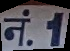
नं. 1